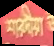
মারদীয়া